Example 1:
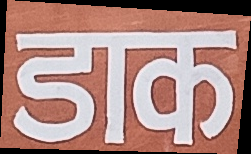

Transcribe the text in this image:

डाक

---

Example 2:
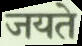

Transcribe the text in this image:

जयते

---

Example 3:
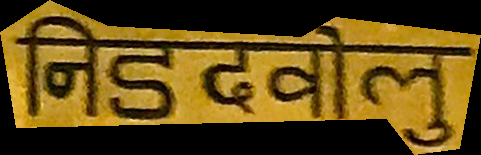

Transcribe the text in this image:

निड़दवोलु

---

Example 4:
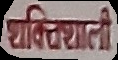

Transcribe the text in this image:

शक्तिशाली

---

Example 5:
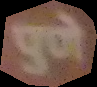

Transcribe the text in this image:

पुणे